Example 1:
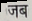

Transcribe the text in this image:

जब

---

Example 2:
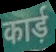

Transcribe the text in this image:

कार्ड़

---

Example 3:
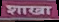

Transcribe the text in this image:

शाखा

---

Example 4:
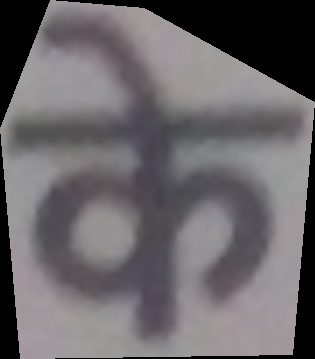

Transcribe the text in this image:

के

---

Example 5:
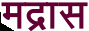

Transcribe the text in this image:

मद्रास